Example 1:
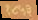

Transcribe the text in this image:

१८५३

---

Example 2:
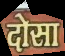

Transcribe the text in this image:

दोसा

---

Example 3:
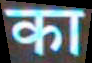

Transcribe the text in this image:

का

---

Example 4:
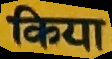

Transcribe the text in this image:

किया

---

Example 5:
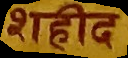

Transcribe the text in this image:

शहीद